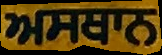
ਅਸਥਾਨ